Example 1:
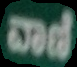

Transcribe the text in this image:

ವಾಣಿ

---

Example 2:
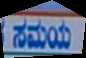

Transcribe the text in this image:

ಸಮಯ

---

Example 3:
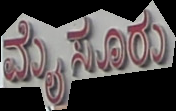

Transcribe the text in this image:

ಮೈಸೂರು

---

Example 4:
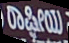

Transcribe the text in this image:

ರಾಫೀಯ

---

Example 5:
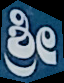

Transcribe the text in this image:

ಶ್ರೀ